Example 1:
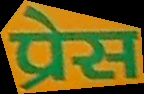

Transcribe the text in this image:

प्रेस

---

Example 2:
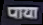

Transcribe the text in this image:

पाया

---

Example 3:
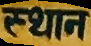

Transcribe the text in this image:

स्थान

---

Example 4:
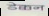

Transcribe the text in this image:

डेक्कन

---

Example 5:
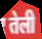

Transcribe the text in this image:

तेली